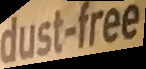
dust-free